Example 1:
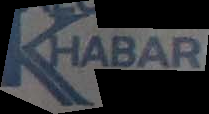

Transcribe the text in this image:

KHABAR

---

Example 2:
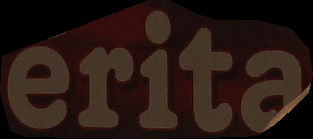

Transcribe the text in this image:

erita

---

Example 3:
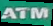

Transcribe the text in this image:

ATM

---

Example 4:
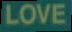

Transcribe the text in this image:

LOVE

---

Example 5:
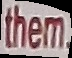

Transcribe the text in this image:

them.